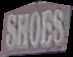
SHOES